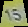
15